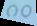
೧೦